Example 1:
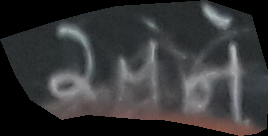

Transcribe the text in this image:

અનૅ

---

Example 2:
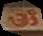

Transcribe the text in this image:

ૐ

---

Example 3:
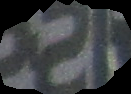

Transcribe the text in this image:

સ્ટોર્સ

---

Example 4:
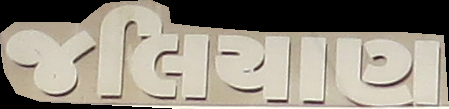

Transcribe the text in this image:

જલિયાણ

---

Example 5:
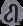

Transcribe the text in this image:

ટી